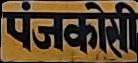
पंजकोसी